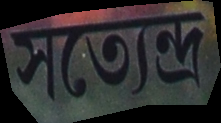
সত্যেন্দ্ৰ